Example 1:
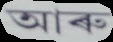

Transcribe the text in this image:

আৰু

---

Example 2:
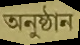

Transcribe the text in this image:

অনুষ্ঠান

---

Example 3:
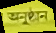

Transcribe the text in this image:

অনুষ্ঠান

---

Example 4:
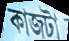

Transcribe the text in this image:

কাজটা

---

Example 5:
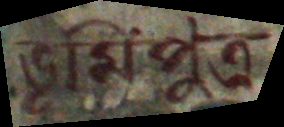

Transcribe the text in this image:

ভূমিপুত্র